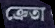
ক্রেতা